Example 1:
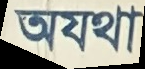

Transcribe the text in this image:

অযথা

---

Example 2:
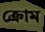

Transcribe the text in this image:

ক্রোম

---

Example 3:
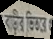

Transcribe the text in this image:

বাড়ীর ভিতরে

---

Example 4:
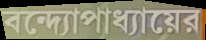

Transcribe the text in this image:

বন্দ্যোপাধ্যায়ের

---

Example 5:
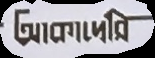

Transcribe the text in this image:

আকাদেরি